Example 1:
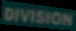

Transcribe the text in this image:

DIVISION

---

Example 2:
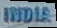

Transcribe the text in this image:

INDIA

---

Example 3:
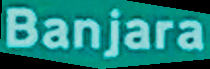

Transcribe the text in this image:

Banjara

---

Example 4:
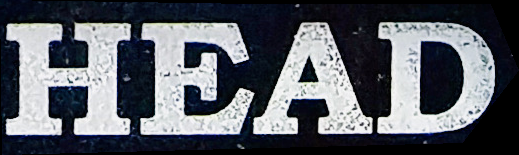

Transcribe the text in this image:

HEAD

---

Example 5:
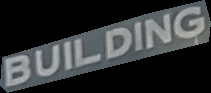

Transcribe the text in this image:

BUILDING